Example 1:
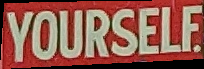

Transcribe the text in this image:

YOURSELF.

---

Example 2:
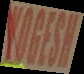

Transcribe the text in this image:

YOGESH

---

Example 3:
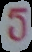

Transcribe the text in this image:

5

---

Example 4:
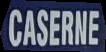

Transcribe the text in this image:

CASERNE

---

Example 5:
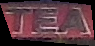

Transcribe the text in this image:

TEA